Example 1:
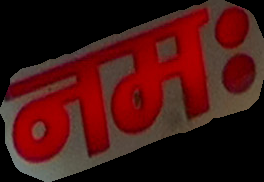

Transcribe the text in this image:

नमः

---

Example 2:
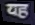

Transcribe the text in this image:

यह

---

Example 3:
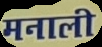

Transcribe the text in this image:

मनाली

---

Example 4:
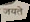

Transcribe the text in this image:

जयते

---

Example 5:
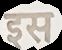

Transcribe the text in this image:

इस